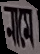
নামে